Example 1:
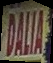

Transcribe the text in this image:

DALIA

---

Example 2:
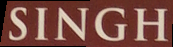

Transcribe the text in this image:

SINGH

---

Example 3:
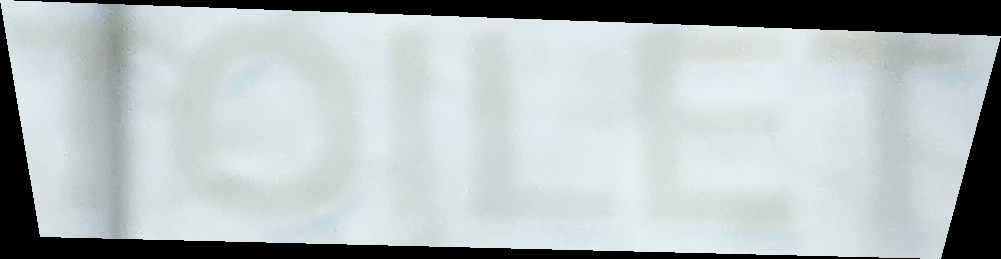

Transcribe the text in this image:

TOILET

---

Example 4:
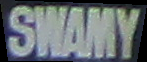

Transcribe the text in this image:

SWAMY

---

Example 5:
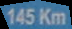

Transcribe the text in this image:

145Km